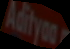
Adityan